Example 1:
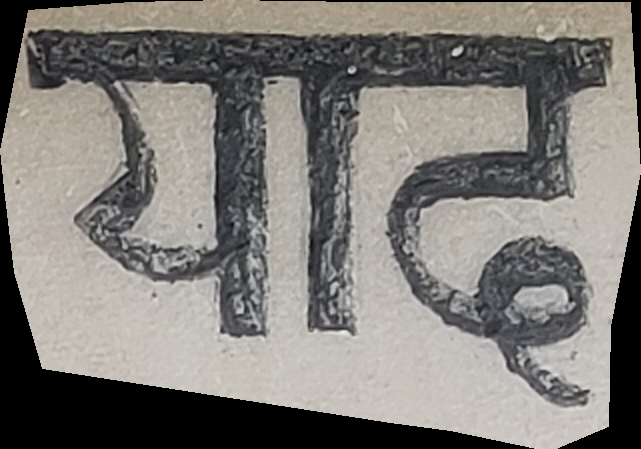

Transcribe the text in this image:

याद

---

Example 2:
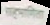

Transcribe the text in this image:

सहभागिता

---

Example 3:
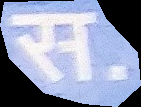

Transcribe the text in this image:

स.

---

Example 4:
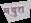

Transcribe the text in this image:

मथुरा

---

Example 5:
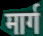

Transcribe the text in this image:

मार्ग